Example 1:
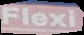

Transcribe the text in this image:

Flexi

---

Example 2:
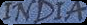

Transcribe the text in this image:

INDIA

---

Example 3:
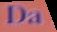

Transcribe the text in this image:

Da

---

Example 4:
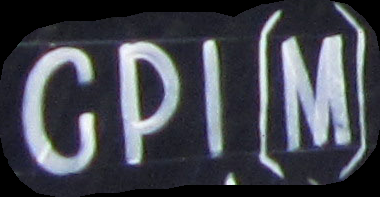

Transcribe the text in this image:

GPI(M)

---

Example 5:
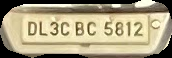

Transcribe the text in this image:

DL3CBC5812